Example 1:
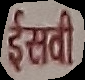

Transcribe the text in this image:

ईसवी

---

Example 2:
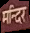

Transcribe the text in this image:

मन्दिर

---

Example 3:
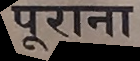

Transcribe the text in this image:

पूराना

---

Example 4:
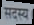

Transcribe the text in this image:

सदस्य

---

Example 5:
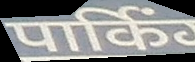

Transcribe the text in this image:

पार्किंग